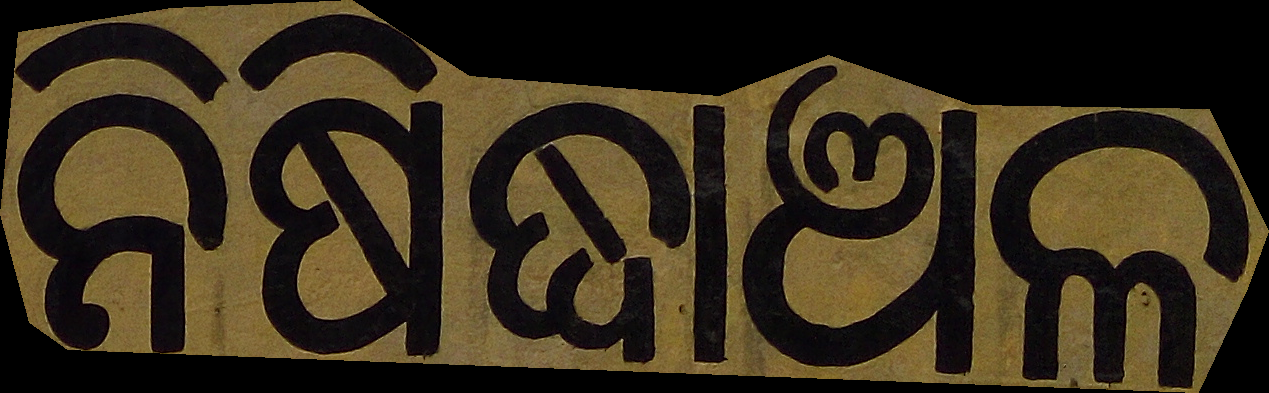
ନିଷିଦ୍ଧାଞ୍ଚଳ